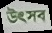
উৎসব